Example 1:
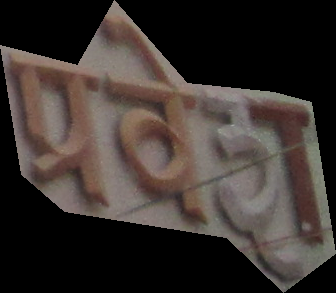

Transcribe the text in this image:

प्रवेश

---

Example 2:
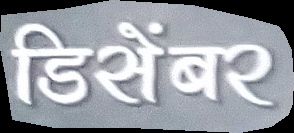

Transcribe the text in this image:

डिसेंबर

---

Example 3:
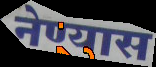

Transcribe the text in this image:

नेण्यास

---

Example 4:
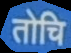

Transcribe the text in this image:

तोचि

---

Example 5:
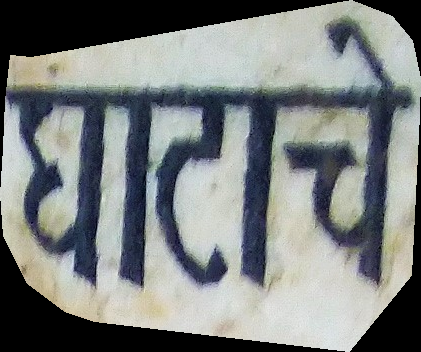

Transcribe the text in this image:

घाटाचे